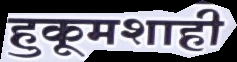
हुकूमशाही